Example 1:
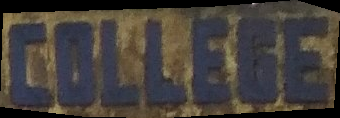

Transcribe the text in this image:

COLLEGE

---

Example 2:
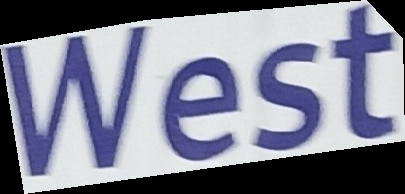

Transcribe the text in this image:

West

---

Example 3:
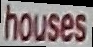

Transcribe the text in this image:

houses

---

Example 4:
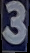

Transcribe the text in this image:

3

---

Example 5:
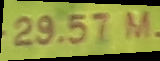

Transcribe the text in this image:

29.57M